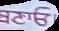
ਬਣਾਓ